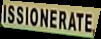
ISSIONERATE,